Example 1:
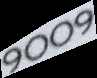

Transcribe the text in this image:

୨୦୦୨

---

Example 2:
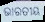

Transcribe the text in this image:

ଭାରତୀୟ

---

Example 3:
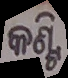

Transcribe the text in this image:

କଣ୍ଟି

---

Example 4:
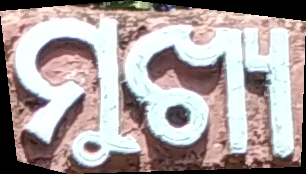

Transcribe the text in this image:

ମୁଖ୍ୟ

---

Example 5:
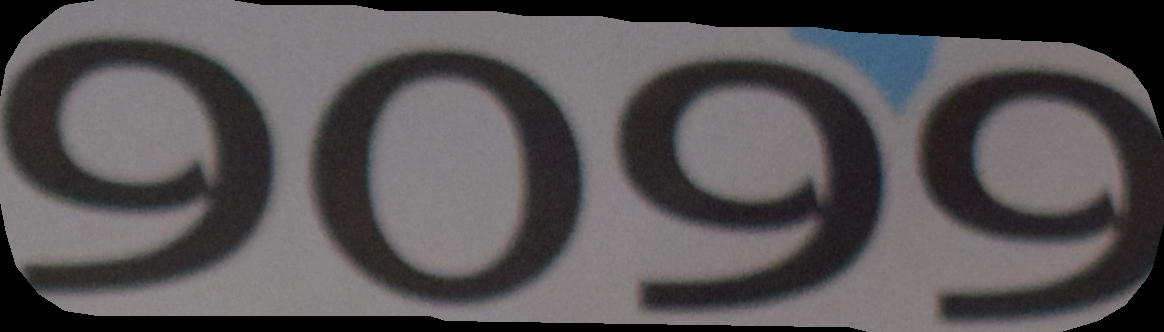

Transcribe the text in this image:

୨୦୨୨